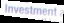
Investment